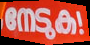
നേടുക!